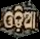
ଓଡ଼ିଆ